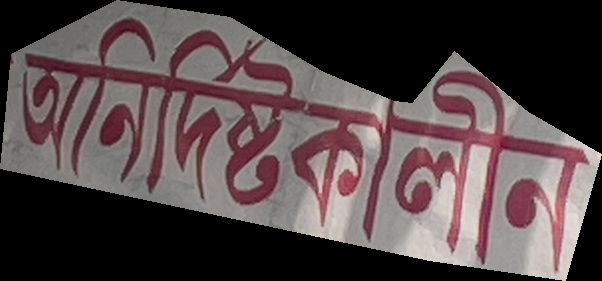
অনির্দিষ্টকালীন